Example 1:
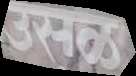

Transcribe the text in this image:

उसळ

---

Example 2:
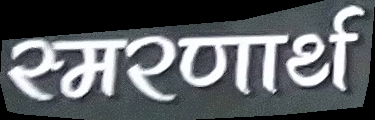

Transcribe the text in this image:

स्म२णार्थ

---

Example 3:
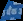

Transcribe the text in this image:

बँक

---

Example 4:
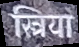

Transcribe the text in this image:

स्त्रिया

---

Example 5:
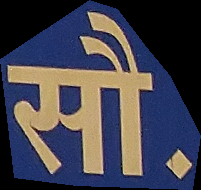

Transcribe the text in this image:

सौ.